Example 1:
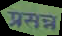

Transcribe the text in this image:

प्रसन्न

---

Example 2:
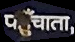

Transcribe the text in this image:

पहुँचाता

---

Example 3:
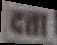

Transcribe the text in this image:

दत्ता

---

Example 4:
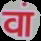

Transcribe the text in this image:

वां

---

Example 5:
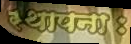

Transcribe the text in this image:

स्थापना: